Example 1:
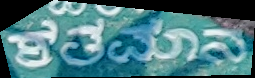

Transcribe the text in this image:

ಶತಮನ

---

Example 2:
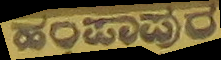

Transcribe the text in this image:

ಹಲಪಾಪುರ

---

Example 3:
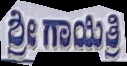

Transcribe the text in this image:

ಶ್ರೀಗಾಯಿತ್ರ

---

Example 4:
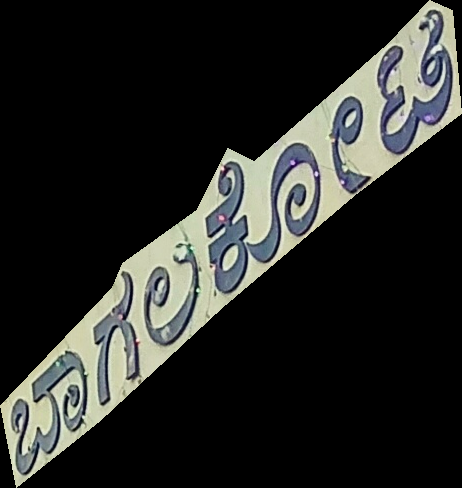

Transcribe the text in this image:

ಬಾಗಲಕೋಟೆ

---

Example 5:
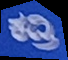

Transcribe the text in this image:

ಕದ್ರ